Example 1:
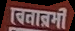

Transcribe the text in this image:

বেনারসী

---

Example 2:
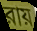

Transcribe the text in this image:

রায়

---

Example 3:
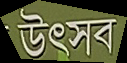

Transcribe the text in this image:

উৎসব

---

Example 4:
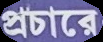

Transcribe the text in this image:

প্রচারে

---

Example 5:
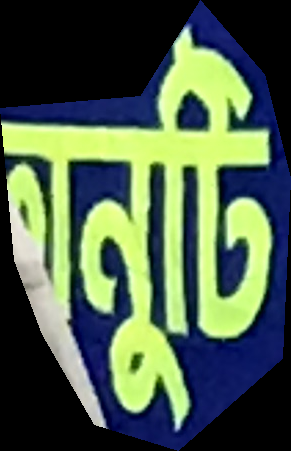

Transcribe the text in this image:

নুটি